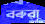
বৰুৱা